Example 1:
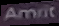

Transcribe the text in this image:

Amrit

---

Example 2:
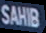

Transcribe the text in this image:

SAHIB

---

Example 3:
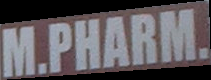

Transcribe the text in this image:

M.PHARM.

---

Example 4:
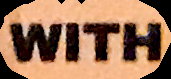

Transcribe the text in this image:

WITH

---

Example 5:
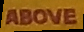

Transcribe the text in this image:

ABOVE